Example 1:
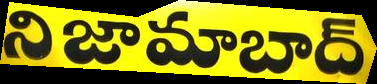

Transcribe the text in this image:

నిజామాబాద్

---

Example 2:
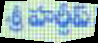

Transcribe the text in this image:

శ్రీ హర్డీప్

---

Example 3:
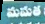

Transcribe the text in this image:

మమత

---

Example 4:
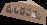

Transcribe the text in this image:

మండపము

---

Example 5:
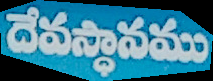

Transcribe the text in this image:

దేవస్థానము